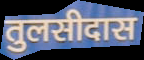
तुलसीदास